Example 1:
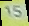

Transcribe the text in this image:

15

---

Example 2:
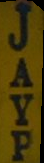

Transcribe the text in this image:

JAYP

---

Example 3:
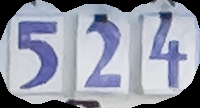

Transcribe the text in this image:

524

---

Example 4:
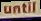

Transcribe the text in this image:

until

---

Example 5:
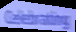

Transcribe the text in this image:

Celebrating